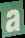
a